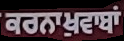
ਕਰਨਾ ਖੁਵਾਬਾਂ